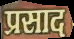
प्रसाद